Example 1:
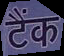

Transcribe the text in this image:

टैंक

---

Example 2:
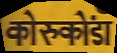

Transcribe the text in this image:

कोरुकोंडा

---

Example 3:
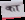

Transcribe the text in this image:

का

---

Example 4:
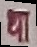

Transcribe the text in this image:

था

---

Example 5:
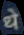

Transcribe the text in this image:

थ‍े